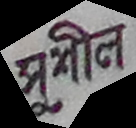
সুশীল